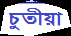
চুতীয়া